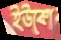
ইউকো